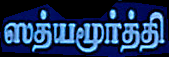
ஸத்யமூா்த்தி